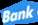
Bank